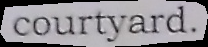
courtyard.